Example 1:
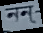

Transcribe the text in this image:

নন্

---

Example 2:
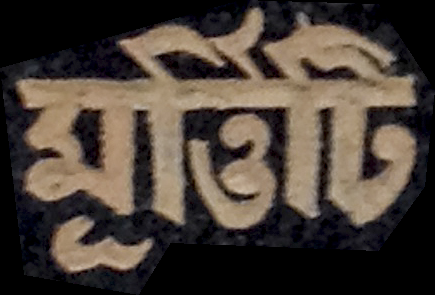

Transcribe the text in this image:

মূর্তিটি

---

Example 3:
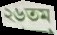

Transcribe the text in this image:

২৬তম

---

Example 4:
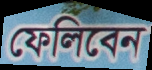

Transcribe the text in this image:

ফেলিবেন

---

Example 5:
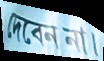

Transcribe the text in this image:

দেবেন না।